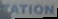
TATION